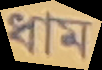
ধাম